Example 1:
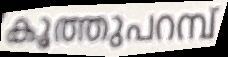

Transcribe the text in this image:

കൂത്തുപറമ്പ്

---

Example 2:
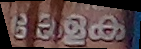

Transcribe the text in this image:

കേളക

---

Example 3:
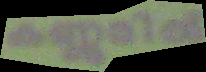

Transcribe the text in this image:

കണ്ണൂരിൽ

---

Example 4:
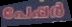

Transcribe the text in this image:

പേഷർ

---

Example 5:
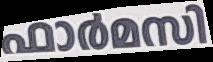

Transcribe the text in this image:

ഫാർമസി